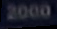
2000